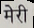
मेरी